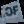
OF